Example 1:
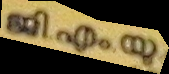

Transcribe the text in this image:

ജി.എ.യു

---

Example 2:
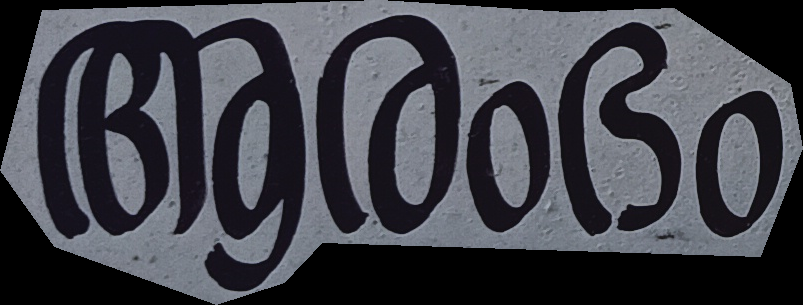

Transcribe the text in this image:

ആരംഭം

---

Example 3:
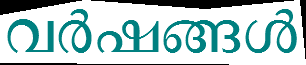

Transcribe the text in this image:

വ‌ർഷങ്ങൾ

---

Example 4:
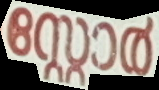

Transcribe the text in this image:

സ്റ്റോർ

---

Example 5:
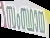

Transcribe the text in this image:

സംസ്ഥാന